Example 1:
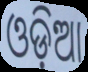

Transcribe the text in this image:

ଓଡ଼ିଆ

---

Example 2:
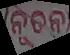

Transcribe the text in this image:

ନୂଚନ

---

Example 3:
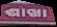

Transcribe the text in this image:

ଣାଖା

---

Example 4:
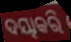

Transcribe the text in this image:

ଦୟାକରି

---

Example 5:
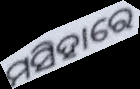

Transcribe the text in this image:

ମସିହାରେ